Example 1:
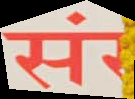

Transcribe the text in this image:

संर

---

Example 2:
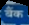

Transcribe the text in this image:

बैंक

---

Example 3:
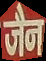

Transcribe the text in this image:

जैन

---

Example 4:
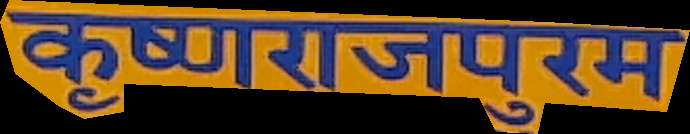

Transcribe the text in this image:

कृष्णराजपुरम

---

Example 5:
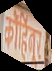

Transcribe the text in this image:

कोहिनूर